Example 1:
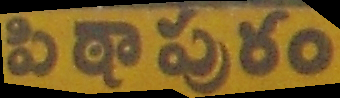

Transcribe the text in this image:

పిఠాపురం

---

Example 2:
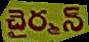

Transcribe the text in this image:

చైర్మన్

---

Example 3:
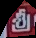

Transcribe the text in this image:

శ్ర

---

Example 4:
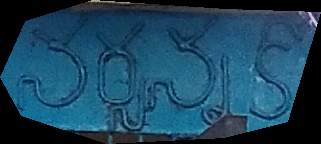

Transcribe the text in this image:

నర్సన్నకి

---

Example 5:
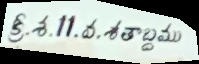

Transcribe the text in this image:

క్రీ.శ.11.వ.శతాబ్దము